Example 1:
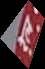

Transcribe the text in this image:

रेल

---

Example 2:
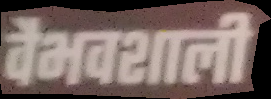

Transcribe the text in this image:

वैभवशाली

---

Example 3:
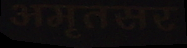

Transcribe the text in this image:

अमृतसर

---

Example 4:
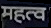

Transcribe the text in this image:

महत्व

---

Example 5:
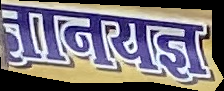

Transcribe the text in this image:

ज्ञानयज्ञ